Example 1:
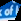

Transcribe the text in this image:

of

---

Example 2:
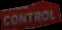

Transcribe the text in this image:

CONTROL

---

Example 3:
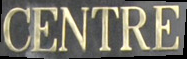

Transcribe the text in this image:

CENTRE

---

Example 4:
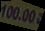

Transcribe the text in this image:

100.00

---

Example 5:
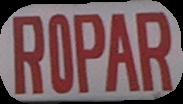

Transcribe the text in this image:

ROPAR